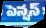
పెన్షన్